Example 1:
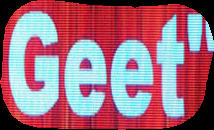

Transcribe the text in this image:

६६९९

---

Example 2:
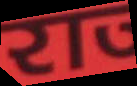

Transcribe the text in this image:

राज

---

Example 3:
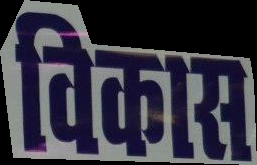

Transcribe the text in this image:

विकास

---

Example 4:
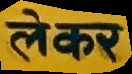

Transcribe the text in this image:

लेकर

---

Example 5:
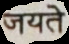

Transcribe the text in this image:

जयते